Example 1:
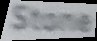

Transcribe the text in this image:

Stone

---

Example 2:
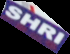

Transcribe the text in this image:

SHRI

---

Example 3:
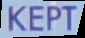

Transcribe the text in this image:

KEPT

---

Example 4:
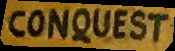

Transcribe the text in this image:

CONQUEST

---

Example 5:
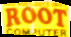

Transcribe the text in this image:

ROOT